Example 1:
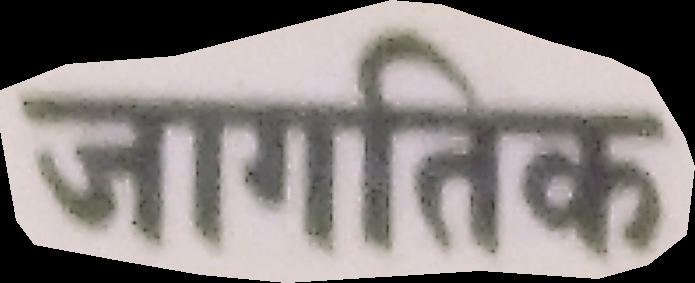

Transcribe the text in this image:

जागतिक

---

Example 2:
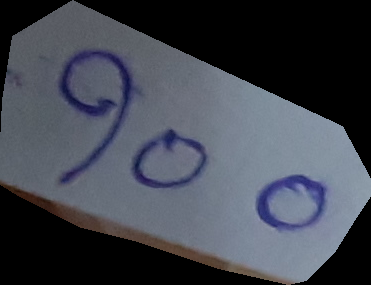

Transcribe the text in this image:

१००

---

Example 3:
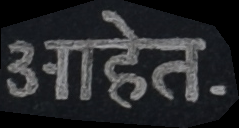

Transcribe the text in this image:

आहेत.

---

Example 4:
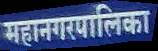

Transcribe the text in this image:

महानगरपालिका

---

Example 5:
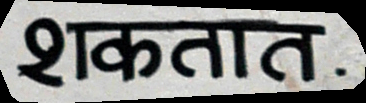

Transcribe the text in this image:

शकतात.